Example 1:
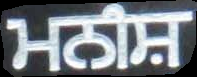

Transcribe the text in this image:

ਮਨੀਸ਼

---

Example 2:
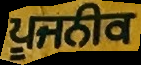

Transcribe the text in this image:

ਪੂਜਨੀਕ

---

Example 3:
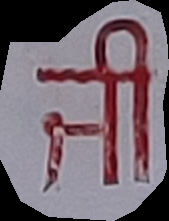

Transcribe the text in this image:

ਜੀ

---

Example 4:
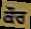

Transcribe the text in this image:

ਕੌਰ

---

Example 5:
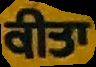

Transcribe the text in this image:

ਕੀਤਾ